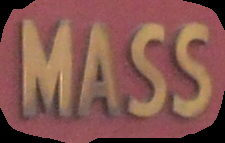
MASS